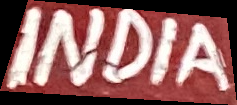
INDIA